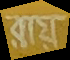
রায়